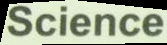
Science